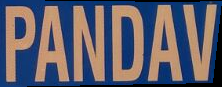
PANDAV